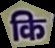
कि